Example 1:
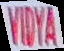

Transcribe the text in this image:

VIDYA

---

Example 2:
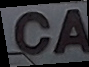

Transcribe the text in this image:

CA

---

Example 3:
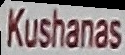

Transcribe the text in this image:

Kushanas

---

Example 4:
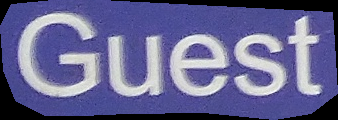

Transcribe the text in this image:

Guest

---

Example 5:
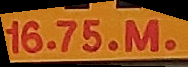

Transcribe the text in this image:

16.75.M.